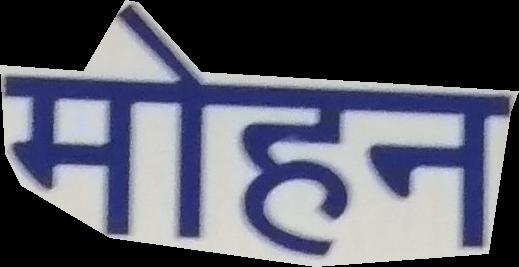
मोहन